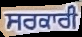
ਸਰਕਾਰੀ